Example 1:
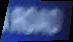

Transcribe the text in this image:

ROAD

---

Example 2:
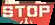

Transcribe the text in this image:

STOP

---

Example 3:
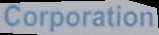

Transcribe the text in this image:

Corporation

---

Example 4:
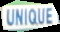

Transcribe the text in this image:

UNIQUE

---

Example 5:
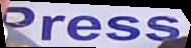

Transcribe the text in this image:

ress